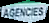
AGENCIES